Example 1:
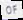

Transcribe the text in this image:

OF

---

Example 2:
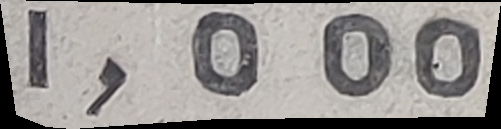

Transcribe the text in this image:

1,000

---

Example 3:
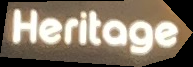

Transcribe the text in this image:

Heritage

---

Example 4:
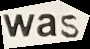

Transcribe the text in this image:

was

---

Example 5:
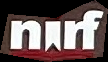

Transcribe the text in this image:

nirf